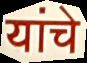
यांचे